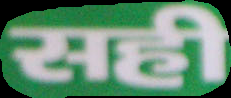
सही